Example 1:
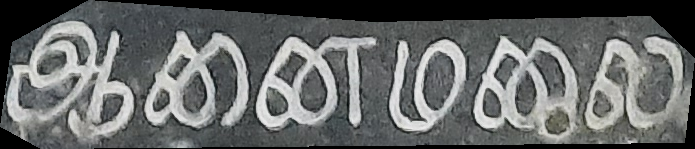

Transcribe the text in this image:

ஆனைமலை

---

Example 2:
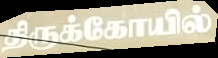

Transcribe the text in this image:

திருக்கோயில்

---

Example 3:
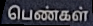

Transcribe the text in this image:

பெண்கள்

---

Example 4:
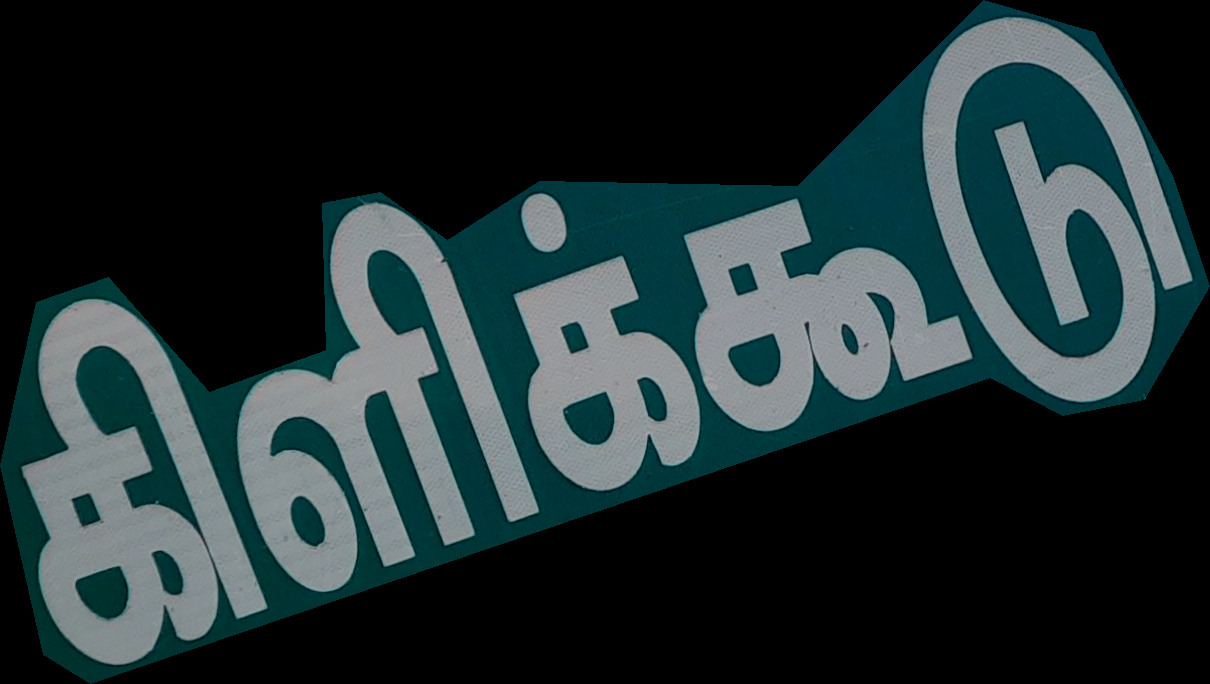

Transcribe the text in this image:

கிளிக்கூடு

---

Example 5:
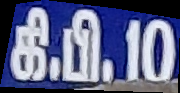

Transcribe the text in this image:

கி.பி.10